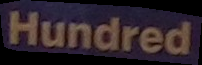
Hundred